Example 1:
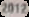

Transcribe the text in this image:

2012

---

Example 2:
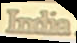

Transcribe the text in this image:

India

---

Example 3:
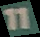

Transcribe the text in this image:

11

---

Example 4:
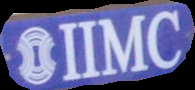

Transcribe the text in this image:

IIMC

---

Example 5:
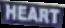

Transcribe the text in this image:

HEART